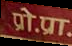
प्रो.प्रा.